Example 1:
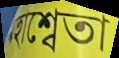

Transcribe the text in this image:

শ্বেতা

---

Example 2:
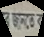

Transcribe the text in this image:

জানতে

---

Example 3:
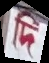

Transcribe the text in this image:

দি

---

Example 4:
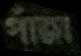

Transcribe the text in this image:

পাঁজা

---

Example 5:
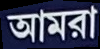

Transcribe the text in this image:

আমরা